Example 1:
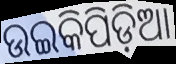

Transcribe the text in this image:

ଉଇକିପିଡ଼ିଆ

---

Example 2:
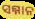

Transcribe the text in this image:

ସମ୍ମାନ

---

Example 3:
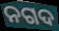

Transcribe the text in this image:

ନଗଦ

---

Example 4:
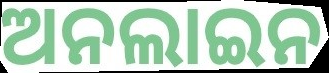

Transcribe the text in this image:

ଅନଲାଇନ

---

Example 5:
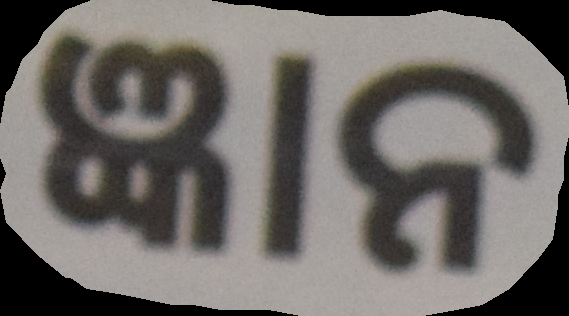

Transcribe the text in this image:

ଜ୍ଞାନ